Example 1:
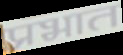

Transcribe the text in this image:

प्रभात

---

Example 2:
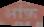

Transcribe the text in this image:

आंफ़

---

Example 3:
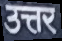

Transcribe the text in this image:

उत्तर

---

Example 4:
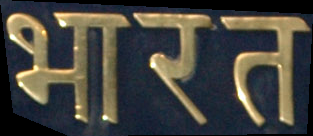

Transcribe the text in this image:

भारत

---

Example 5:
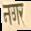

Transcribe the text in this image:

नगर